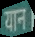
यान